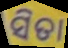
ସିତା